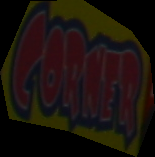
CORNER